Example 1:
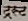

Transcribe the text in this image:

ट्रस्ट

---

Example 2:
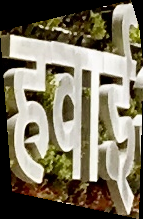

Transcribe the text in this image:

हवाई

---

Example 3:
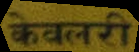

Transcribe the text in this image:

केवलरी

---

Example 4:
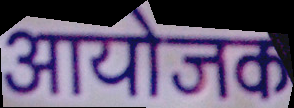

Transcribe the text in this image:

आयोजक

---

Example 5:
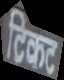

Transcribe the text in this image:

टिकट